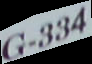
G-334